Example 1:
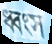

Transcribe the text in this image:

ধ্বংস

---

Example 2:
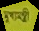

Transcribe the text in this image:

মুখ্যমন্ত্রী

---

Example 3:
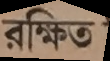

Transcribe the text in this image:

রক্ষিত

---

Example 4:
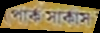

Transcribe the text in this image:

পার্ক সাকাস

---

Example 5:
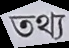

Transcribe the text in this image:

তথ্য